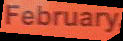
February